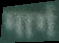
मार्ग